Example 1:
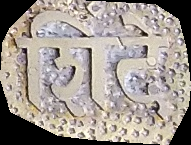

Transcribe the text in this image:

शिंदे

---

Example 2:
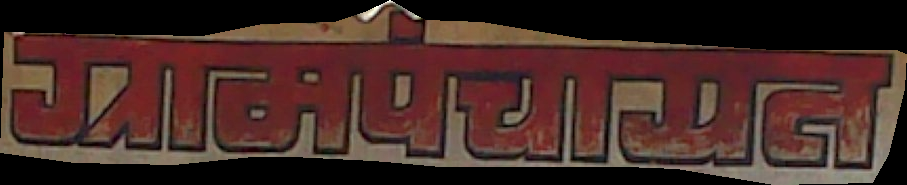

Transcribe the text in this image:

ग्रामपंचायत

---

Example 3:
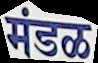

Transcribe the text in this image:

मंडळ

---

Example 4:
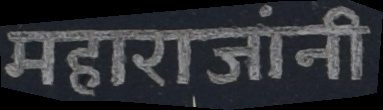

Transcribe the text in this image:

महाराजांनी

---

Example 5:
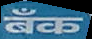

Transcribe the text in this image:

बँक